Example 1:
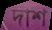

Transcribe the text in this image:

দাশ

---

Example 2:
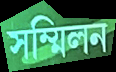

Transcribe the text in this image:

সম্মিলন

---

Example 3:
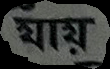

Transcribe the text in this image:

যায়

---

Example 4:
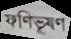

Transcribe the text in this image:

ফণিভূষণ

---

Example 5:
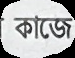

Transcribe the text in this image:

কাজে